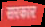
सरकार